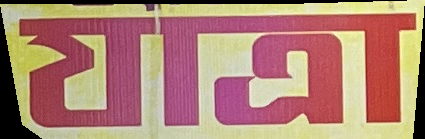
যাত্রা